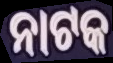
ନାଟକ